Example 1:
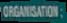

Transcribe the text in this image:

ORGANISATION;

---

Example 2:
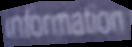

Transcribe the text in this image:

information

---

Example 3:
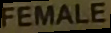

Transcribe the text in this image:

FEMALE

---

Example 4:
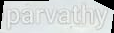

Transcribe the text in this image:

parvathy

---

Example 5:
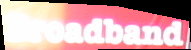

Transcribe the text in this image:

Broadband